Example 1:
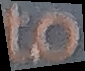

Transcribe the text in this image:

to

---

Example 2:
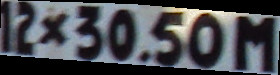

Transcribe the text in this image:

12x30.50M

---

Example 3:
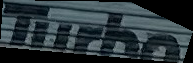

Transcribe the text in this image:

Turbo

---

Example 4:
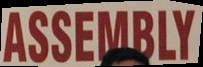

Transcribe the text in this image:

ASSEMBLY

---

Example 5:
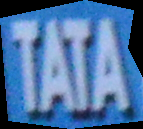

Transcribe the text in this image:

TATA